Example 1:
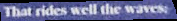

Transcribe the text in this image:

That rides well the waves,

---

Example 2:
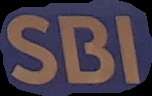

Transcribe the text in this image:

SBI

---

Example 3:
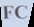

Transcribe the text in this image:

FC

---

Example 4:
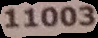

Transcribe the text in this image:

11003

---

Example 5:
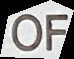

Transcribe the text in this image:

OF